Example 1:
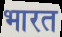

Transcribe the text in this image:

भारत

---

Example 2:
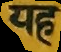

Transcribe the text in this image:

यह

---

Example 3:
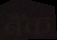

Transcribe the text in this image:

बैਂक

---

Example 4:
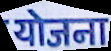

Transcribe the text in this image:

योजना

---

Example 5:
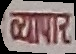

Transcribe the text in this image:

व्यापार